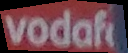
vodaf